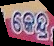
କେନ୍ଦ୍ର